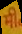
मी.